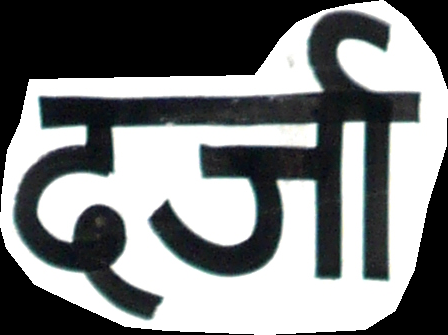
दर्जा